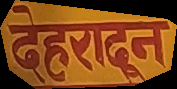
देहरादून